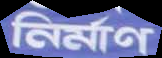
নির্মাণ